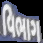
વિભાગ